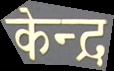
केन्द्र